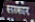
सरकार